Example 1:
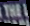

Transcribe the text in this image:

THE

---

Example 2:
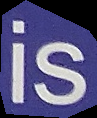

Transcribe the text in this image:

is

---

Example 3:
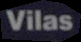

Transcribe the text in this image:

Vilas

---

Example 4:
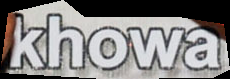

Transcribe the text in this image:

khowa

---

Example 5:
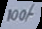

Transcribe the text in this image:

1੦੦੯